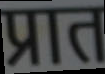
प्रात